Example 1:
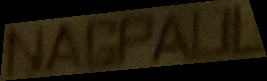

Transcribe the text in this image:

अमराका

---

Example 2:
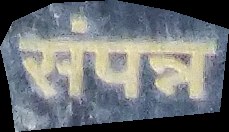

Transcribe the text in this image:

संपन्न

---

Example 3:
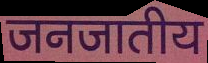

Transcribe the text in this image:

जनजातीय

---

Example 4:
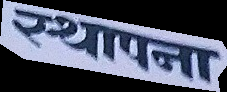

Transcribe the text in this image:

स्थापना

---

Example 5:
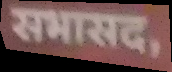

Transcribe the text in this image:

सभासद,